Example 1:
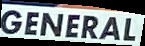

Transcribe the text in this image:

GENERAL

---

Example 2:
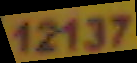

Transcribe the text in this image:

12137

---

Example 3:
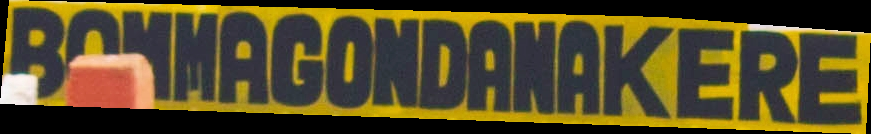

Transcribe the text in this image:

BOMMAGONDANAKERE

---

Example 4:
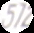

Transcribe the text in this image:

572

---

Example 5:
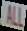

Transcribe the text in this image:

ALL